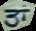
ਤਾਂ